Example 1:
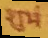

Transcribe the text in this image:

शुभं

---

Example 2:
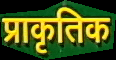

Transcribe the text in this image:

प्राकृतिक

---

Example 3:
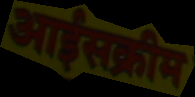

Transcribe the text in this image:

आईसक्रीम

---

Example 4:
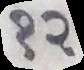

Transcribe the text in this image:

१२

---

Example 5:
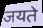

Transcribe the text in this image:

जयते